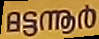
മട്ടന്നൂർ